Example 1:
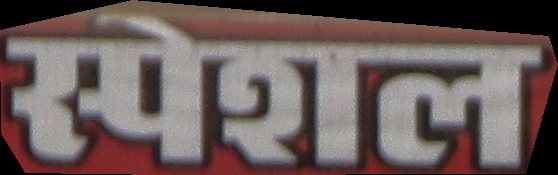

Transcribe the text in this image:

स्पेशल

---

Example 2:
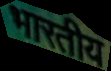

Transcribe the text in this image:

भारतीय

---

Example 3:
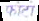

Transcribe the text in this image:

फोटो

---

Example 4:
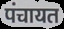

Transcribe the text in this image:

पंचायत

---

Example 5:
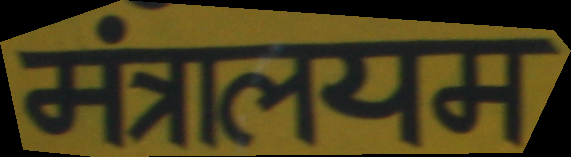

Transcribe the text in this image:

मंत्रलयम